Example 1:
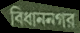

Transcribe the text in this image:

বিধাননগর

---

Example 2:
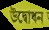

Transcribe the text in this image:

উদ্বোধন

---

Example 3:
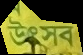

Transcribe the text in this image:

উৎসব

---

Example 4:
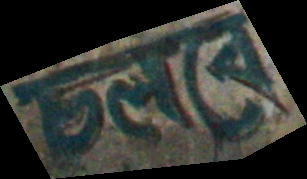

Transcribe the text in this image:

চলবে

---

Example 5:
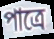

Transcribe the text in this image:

পাত্রে